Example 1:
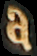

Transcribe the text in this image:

a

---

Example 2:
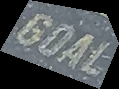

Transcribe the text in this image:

GOAL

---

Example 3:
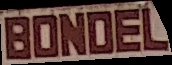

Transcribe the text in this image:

BONDEL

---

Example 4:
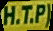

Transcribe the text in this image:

(H.T.P)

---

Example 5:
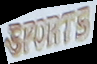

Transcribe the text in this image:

SPORTS